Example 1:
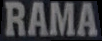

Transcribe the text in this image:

RAMA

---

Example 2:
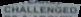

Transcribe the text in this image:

CHALLENGED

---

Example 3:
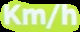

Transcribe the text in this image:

Km/h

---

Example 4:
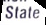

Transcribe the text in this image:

State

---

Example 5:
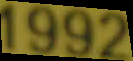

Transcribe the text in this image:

1992